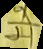
मे